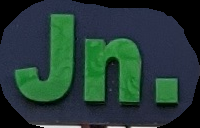
Jn.